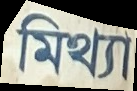
মিথ্যা